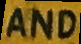
AND